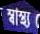
স্বাস্থ্য